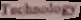
Technology.